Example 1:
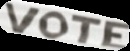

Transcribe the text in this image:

VOTE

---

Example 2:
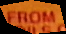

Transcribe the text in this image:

FROM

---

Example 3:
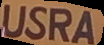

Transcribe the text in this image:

USRA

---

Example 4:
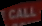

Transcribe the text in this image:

CALL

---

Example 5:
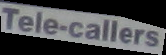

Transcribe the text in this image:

Tele-callers